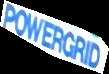
POWERGRID